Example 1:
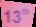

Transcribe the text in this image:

13 ''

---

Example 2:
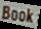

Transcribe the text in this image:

Book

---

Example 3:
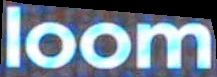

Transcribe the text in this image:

loom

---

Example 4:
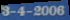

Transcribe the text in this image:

3-4-2006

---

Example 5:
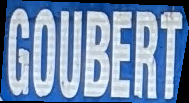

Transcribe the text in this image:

GOUBERT